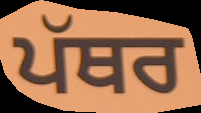
ਪੱਥਰ